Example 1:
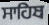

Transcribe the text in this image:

ਸਾਹਿਬ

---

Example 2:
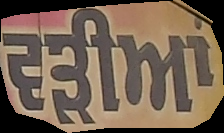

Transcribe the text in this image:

ਵੜੀਆਂ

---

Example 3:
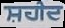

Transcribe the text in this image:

ਸ਼ਹੀਦ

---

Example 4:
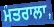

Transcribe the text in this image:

ਮਤਰਾਲਾ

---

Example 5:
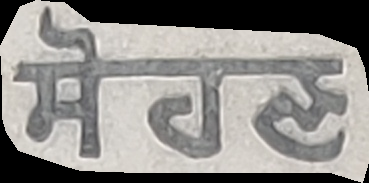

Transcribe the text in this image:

ਸੋਹਣ